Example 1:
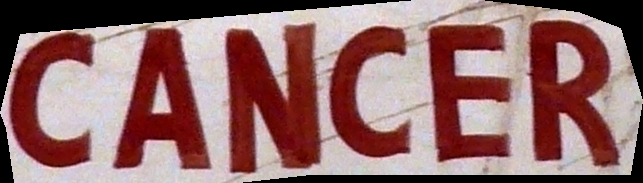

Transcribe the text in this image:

CANCER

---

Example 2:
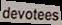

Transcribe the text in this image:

devotees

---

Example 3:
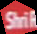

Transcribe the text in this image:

ShriR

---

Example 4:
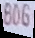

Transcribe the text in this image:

806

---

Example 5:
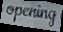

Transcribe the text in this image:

opening